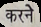
करनेे